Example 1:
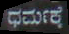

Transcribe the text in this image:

ಧಮ೯ಕ್ಕೆ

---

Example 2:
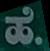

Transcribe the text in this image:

ಹೆ.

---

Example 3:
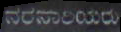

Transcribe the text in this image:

ನರನಾರಿಯರು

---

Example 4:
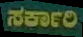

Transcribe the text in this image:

ಸರ್ಕರಿ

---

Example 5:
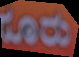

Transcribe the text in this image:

ಬಾರು